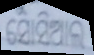
ସୋସିଆଲ